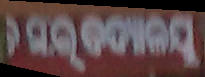
ସର୍‌ ବିଦ୍ୟାଳୟ